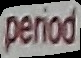
period